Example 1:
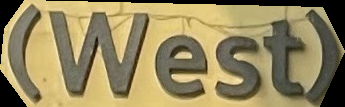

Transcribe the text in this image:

(West)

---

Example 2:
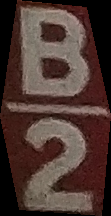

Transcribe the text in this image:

B/2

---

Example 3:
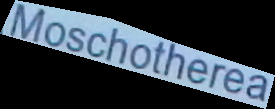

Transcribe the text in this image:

Moschotherea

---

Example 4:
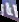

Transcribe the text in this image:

&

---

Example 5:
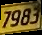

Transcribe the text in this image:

7983